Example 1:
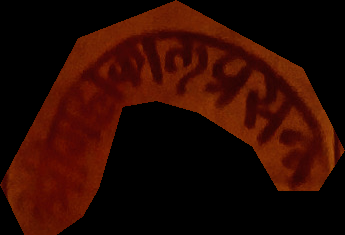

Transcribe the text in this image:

श्रीमहाकालप्रसन्न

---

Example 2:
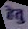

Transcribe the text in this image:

हेतु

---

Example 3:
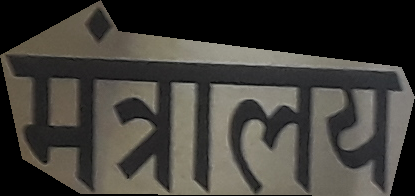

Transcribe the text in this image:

मंत्रालय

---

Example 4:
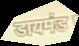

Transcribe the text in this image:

डायमंड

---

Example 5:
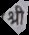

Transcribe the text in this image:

श्री